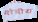
क्षेत्रीय